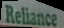
Reliance